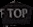
TOP